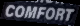
COMFORT